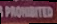
PROHIBITED